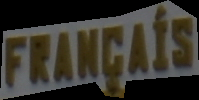
FRANÇAIS